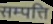
सम्पत्ति